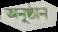
অনুষ্ঠান